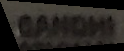
GANDHI